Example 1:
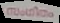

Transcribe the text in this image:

സംഗീതം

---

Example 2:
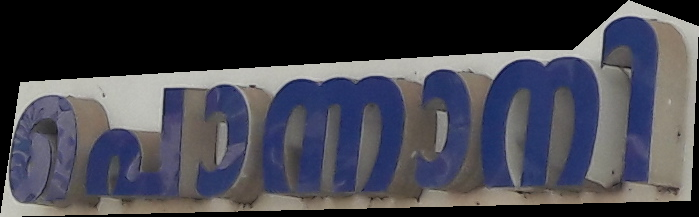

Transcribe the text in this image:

പൊന്നാനി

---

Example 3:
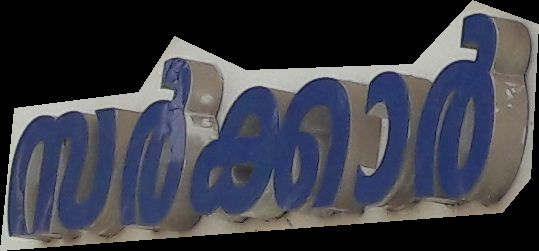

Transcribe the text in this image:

സർക്കാർ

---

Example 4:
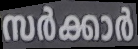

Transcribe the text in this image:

സർക്കാർ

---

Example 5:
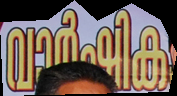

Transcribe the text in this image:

വാർഷിക